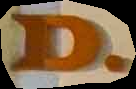
D.